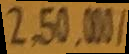
2,50,000/